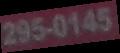
295-0145